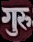
गुरु